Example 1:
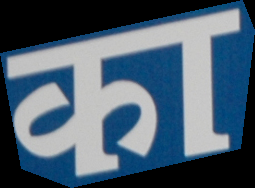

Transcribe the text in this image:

का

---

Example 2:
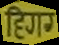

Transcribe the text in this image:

हिगर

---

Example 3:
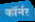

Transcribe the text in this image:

कॉर्नर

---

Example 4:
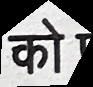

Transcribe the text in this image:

को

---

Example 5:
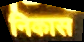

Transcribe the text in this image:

निकास